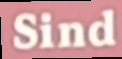
Sind